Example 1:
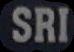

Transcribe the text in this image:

SRI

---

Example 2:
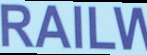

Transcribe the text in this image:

RAILW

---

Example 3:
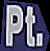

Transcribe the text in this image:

Pt.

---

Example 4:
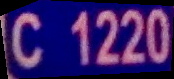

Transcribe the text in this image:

C1220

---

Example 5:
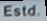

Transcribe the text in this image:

Estd.